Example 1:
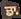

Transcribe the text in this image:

ਡਾ.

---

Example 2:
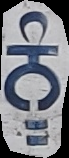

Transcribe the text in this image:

ਨੂੰ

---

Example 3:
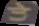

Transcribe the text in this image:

ਤੇ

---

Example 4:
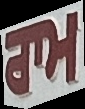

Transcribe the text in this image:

ਰਾਮ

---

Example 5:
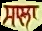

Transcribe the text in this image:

ਸਲਾ